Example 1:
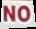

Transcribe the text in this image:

NO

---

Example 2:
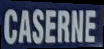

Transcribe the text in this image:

CASERNE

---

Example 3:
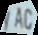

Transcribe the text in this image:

/AC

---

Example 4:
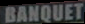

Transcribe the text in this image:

BANQUET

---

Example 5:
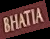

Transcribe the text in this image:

BHATIA